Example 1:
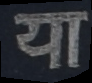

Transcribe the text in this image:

या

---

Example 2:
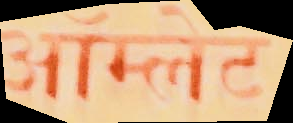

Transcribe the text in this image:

ऑम्लेट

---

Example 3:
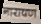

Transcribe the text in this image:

नारायण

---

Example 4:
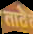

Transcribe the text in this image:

ताटे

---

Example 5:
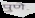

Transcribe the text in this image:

पुणे.